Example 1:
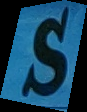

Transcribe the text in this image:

S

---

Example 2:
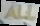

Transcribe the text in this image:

ALL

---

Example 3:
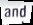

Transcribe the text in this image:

and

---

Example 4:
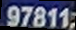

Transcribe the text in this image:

97811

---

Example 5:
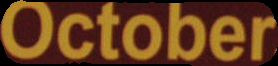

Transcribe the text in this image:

October